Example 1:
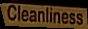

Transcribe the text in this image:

Cleanliness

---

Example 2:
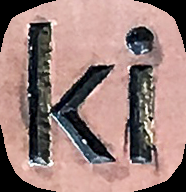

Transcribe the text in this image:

ki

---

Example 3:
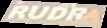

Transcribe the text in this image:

RUDRA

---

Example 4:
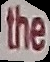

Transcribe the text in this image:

the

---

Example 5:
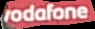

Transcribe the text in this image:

vodafone